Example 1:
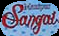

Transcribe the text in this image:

Sanga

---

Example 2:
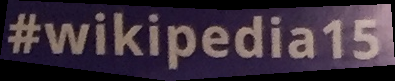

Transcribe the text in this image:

#wikipedia15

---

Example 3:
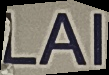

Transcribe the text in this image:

LAI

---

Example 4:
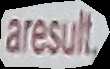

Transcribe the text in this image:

aresult.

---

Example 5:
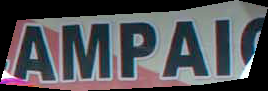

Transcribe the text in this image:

AMPAI